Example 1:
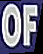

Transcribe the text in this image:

OF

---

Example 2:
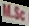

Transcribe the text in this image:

M.Sc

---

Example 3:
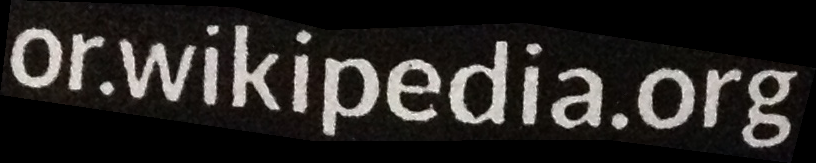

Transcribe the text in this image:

or.wikipedia.org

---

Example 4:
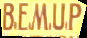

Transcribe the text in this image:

B.E.M.U.P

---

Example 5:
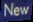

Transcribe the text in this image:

New